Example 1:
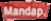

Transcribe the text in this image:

Mandap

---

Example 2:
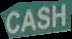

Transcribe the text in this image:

CASH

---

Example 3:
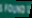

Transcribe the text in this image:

FOUND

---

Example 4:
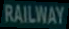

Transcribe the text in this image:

RAILWAY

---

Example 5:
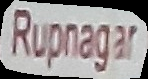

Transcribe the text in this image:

Rupnagar